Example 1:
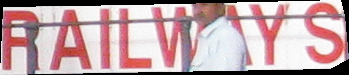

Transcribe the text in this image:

RAILWAYS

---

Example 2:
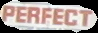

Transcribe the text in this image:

PERFECT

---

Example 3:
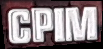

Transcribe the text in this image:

CPIM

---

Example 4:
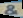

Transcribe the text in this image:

&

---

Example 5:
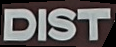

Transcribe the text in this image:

DIST